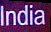
India